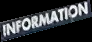
INFORMATION